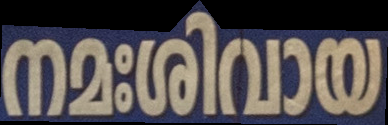
നമഃശിവായ